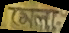
মেলা.